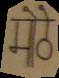
मोठे